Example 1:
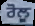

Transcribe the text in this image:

ਰੋਲੁ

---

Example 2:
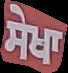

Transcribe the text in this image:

ਸੇਖਾ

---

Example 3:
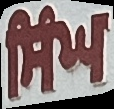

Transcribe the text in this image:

ਸਿੰਘ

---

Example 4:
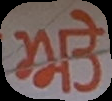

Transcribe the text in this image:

ਅਤੇ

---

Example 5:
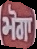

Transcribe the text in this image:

(ਮੋਗਾ)